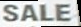
SALE